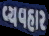
વ્યવહાર